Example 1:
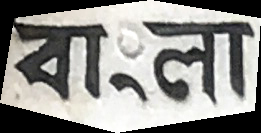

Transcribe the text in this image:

বাংলা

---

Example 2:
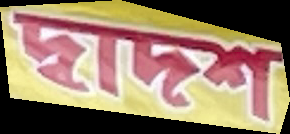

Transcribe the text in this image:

দ্বাদশ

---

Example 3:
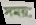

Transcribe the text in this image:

সময়:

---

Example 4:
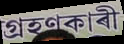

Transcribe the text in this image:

গ্ৰহণকাৰী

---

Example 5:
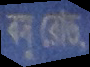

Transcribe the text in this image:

বসু রোড,